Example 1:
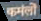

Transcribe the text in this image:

कमंलों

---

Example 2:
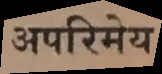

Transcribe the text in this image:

अपरिमेय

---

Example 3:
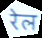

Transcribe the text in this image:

रेल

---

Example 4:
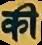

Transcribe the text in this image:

की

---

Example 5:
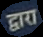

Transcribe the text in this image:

द्वारा